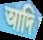
আদি